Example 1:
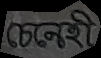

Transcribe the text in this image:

চেনেহী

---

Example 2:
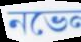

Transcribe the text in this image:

নভেল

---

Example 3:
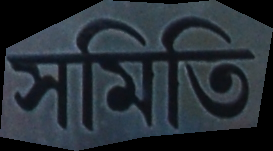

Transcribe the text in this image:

সমিতি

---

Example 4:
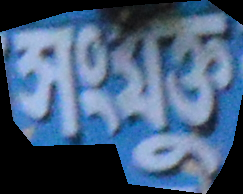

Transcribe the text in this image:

সংযুক্ত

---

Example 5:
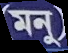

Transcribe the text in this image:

(মনু)